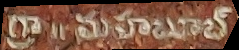
గ్రా॥ మహబూబ్.